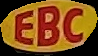
EBC